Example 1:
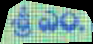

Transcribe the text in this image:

శ్రీ ఎం.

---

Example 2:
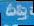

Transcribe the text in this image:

టప్ప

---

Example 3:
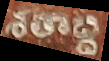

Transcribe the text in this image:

శతాబ్ది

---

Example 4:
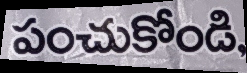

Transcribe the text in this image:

పంచుకోండి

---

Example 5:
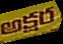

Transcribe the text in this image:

అక్షర